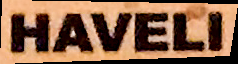
HAVELI